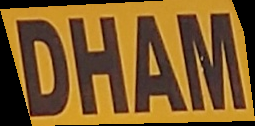
DHAM